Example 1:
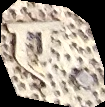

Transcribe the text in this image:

ए.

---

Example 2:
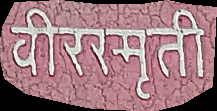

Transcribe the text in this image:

वीरस्मृती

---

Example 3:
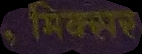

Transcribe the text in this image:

मिक्सर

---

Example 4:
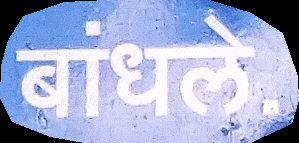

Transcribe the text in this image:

बांधले.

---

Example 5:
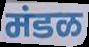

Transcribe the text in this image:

मंडळ